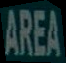
AREA